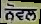
ਨੋਵਲ